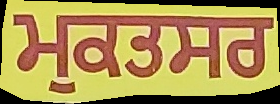
ਮੁਕਤਸਰ